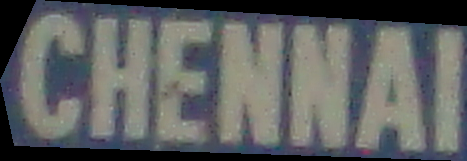
CHENNAI